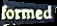
formed